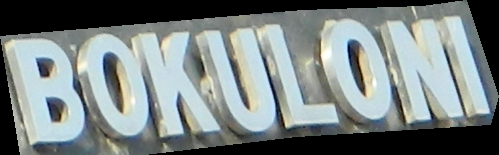
BOKULONI